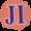
JI